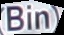
Bin